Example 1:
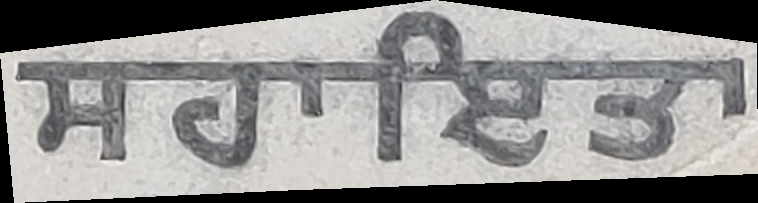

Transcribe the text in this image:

ਸਹਾਇਤਾ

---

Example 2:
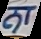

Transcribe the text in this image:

ਨਾ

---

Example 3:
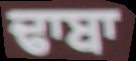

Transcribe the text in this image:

ਢਾਬਾ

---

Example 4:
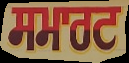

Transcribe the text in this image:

ਸਮਾਰਟ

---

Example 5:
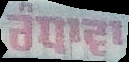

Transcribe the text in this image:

ਰੰਧਾਵਾ